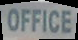
OFFICE